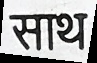
साथ